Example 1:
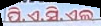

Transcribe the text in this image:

ପି.ଏ.ସି.ଏଲ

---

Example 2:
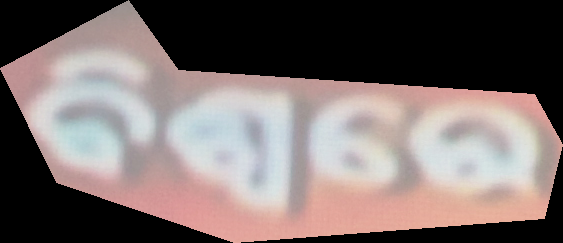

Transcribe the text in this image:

ଦିନରେ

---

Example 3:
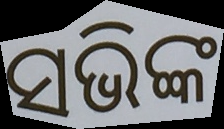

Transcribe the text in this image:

ସଭିଙ୍କ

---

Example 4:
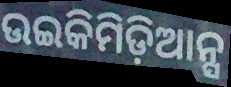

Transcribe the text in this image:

ଉଇକିମିଡ଼ିଆନ୍ସ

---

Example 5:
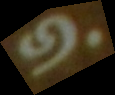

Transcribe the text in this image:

୬.